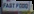
FAST FOOD